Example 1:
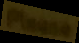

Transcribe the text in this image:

Please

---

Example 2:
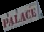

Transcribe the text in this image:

PALACE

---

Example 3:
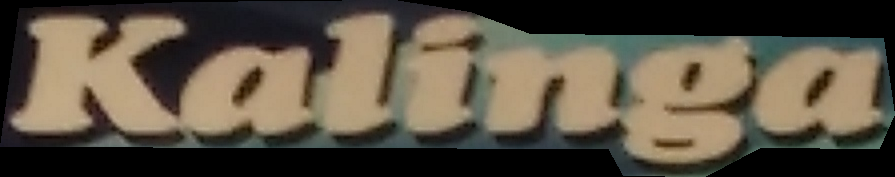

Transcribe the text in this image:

Kalinga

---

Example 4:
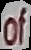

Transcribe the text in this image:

of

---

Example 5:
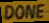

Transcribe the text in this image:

DONE